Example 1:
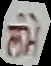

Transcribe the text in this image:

ਲੇਮੇ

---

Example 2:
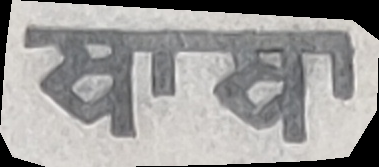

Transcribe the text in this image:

ਥਾਥਾ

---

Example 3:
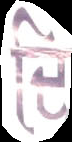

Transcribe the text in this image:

ਦਿ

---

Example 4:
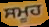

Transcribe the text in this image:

ਸਮੂਹ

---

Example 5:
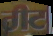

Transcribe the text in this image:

ਰੀਟ